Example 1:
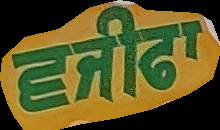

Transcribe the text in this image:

ਵਜੀਫਾ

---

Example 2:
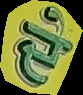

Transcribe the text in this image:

ਦੇ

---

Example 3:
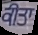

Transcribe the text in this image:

ਕੀਤਾ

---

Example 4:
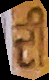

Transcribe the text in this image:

ਦੀ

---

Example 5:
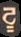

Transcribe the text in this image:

ਟੂ